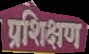
प्रशिक्षण